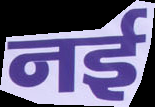
नई